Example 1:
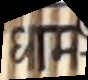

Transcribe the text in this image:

धाम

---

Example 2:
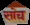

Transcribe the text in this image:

सोच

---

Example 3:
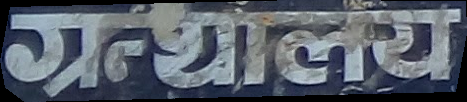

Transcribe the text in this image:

ग्रन्थालय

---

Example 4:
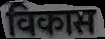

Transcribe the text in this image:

विकास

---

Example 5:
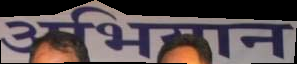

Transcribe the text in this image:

अभियान